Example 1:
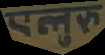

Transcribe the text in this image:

एलुरु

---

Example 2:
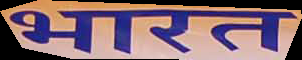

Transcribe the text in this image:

भारत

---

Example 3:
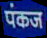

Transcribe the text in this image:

पंकज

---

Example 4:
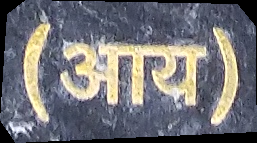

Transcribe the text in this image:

(आय)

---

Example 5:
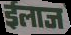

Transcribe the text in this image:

ईलाज